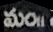
మం॥